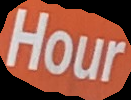
Hour